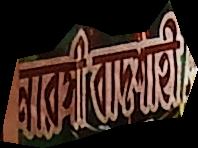
নারসী বাদশাহী